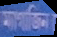
ম্যাগাজিন